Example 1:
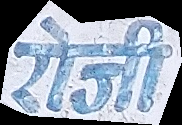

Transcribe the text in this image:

रोजी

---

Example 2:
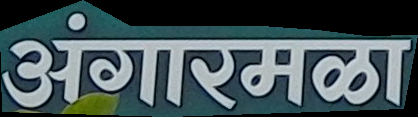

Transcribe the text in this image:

अंगारमळा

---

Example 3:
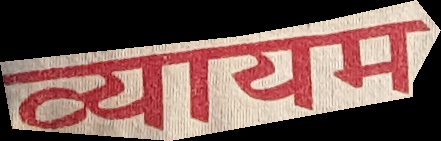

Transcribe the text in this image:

व्यायम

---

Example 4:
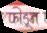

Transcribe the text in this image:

फोडून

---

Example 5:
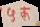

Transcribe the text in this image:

७ रु